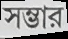
সম্ভার